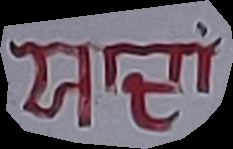
ਯਾਦਾਂ